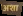
अशा